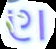
ણ